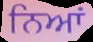
ਨਿਆ